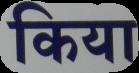
किया